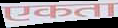
एकता